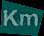
Km